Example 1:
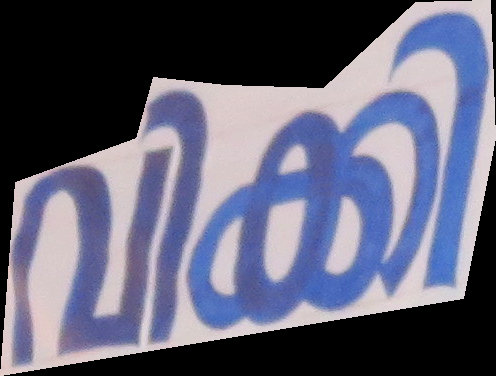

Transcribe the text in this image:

വിക്കി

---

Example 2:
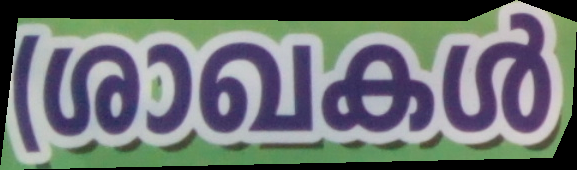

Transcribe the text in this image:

ശ്രാഖകൾ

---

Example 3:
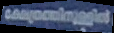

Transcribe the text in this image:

ക്ഷേത്രത്തിനുള്ളിൽ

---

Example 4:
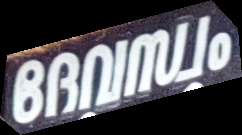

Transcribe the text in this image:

ദേവസ്വം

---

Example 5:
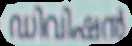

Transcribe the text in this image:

ഡിവിഷൻ